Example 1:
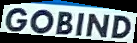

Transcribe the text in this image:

GOBIND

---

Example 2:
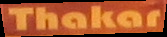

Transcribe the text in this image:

Thakar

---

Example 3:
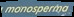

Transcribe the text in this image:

monosperma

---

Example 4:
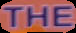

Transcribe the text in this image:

THE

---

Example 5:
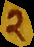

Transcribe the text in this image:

2